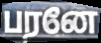
பரனே